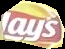
Lay